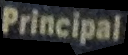
Principal